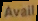
Avail